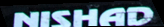
NISHAD